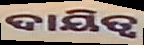
ଦାୟିତ୍ବ